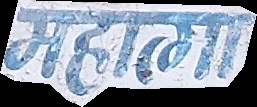
महात्मा